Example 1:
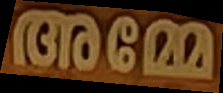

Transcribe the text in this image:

അമ്മേ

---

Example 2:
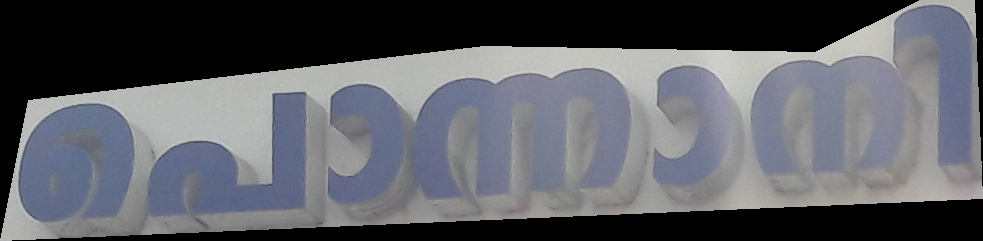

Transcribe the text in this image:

പൊന്നാനി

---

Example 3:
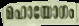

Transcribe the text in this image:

മഹായോഗം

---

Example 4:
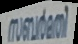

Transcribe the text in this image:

സബർമതി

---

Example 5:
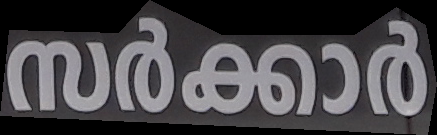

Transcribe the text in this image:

സർക്കാർ